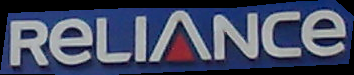
RELIANCE